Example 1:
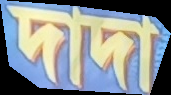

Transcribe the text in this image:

দাদা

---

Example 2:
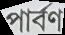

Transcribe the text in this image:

পার্বণ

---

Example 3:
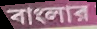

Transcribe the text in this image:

বাংলার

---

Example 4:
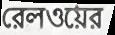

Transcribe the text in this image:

রেলওয়ের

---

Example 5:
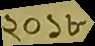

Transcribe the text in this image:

২০১৮